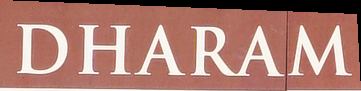
DHARAM